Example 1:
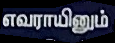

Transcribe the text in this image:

எவராயினும்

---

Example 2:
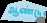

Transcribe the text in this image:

ஆண்டு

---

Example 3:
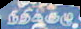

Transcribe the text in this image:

நிதிக்குழு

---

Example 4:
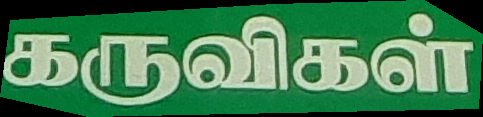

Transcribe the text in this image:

கருவிகள்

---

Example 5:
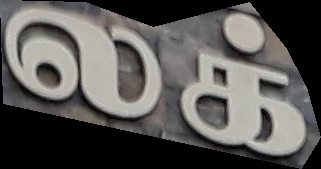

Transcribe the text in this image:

லக்